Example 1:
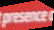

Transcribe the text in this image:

presence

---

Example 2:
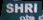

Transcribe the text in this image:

SHRI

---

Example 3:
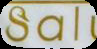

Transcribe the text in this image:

Sal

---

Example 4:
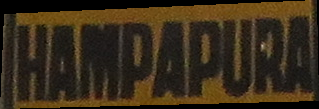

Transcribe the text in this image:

HAMPAPURA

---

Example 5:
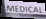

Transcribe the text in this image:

MEDICAL